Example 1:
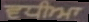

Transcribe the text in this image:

ਵਧੀਆ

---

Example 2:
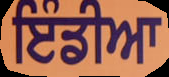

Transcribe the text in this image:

ਇੰਡੀਆ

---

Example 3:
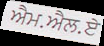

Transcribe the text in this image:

ਐਮ.ਐਲ.ਏ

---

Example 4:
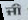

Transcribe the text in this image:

ਜੀ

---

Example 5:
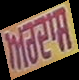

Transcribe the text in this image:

ਅਰਦਾਸ